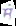
मे